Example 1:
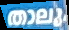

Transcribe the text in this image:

താലു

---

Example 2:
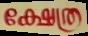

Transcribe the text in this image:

ക്ഷേത്ര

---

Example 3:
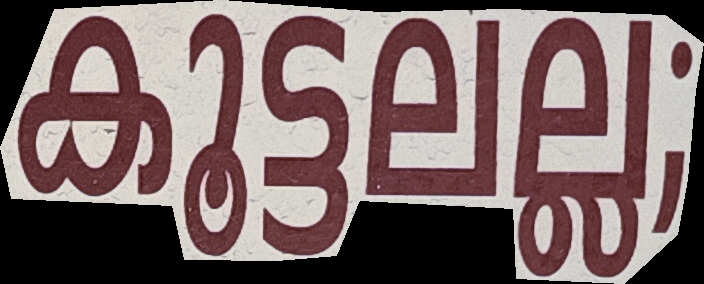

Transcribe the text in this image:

കൂട്ടലല്ല;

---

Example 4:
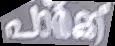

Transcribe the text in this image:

പാർക്ക്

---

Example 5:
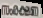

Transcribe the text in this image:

സംരക്ഷണ